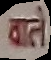
वाले